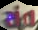
સંત